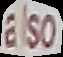
also